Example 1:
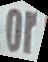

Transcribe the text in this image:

or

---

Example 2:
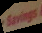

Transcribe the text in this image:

Savings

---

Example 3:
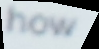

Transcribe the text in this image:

how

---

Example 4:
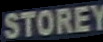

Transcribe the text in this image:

STOREY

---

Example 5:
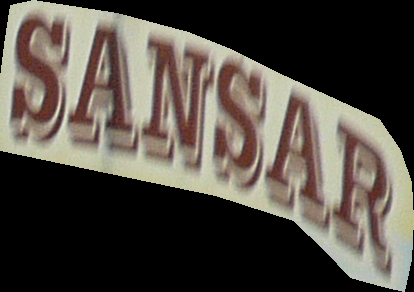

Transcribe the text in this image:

SANSAR